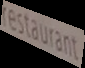
restaurant